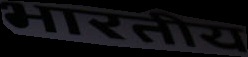
भारतीय